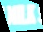
MILK